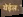
येईस .